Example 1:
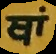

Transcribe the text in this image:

ਥਾਂ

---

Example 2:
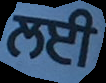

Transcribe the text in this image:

ਲਈ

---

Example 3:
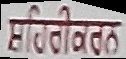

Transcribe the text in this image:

ਸ਼ਹਿਰੀਕਰਨ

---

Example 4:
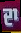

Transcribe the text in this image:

ਦਾ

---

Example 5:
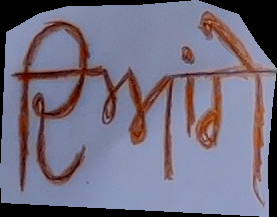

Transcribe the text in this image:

ਦਿਆਂਗੇ